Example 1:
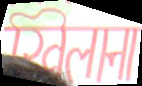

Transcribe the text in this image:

खिलाना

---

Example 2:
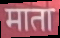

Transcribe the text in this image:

माता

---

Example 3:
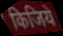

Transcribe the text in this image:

किजिये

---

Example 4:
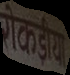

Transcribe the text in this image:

रोकड़ीया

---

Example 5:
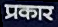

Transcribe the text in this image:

प्रकार